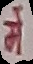
में